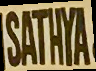
SATHYA